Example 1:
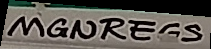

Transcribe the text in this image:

MGNREGS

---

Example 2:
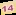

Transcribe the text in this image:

14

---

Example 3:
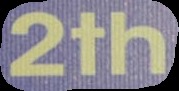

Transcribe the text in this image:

2th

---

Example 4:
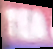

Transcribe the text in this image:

TEA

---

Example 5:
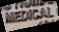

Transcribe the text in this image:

MEDICAL